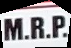
M.R.P.